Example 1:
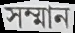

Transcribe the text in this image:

সম্মান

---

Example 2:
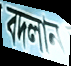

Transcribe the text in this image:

বদলান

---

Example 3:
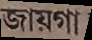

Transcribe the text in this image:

জায়গা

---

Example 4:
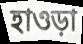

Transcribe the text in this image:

হাওড়া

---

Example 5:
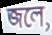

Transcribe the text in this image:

জলে,